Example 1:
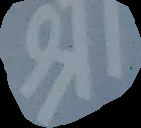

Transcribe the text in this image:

श्रा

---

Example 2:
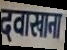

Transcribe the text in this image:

दवाखाना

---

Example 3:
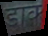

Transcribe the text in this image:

डाक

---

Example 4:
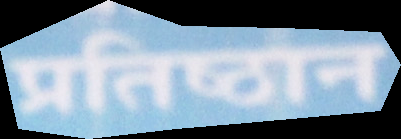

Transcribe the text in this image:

प्रतिष्ठान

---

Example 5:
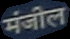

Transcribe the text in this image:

मंजील